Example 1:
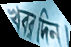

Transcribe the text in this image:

খবর দিন।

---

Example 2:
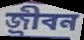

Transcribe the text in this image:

জীবন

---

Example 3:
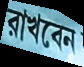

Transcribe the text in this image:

রাখবেন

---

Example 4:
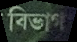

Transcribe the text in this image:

বিভাগ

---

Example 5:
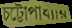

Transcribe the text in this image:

চট্টোপাধ্যায়